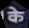
के